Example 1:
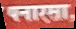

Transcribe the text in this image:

पनारमा,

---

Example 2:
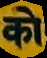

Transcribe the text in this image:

को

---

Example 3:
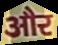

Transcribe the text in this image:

और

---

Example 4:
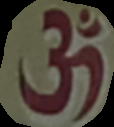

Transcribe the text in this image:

ॐ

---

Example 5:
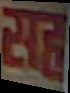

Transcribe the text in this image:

सह